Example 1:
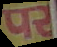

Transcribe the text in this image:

पर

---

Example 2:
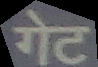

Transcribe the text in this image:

गेट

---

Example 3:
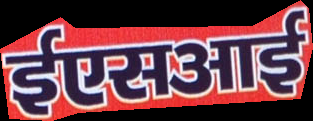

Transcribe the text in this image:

ईएसआई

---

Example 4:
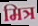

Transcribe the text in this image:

मित्र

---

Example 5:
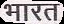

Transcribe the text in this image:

भारत